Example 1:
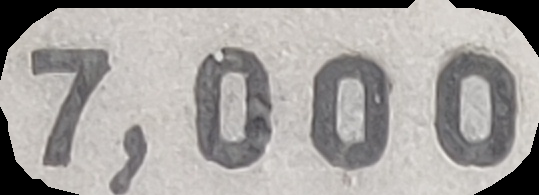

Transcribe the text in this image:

7,000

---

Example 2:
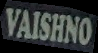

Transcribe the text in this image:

VAISHNO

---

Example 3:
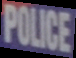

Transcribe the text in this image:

POLICE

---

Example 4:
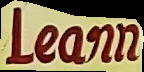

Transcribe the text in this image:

Leann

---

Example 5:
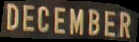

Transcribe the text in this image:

DECEMBER